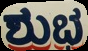
ಶುಭ